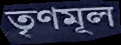
তৃণমূল